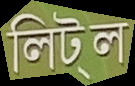
লিট্ল